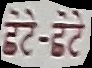
ਛਟੇ-ਛੋਟੇ